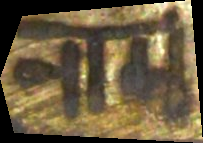
नाम